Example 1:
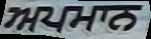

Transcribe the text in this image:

ਅਪਮਾਨ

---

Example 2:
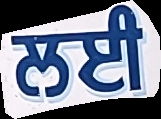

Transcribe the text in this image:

ਲਈ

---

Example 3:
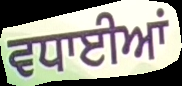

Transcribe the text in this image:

ਵਧਾਈਆਂ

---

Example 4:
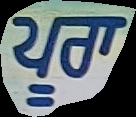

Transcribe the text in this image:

ਪੂਰਾ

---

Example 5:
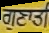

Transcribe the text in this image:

ਗੁਣਾਤ